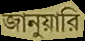
জানুয়ারি